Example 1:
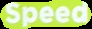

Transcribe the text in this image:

Speed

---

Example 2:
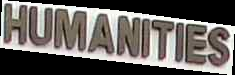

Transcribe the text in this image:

HUMANITIES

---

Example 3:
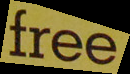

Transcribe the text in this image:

free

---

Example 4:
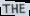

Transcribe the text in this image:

THE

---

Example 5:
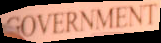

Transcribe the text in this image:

GOVERNMENT